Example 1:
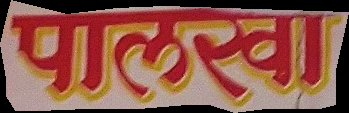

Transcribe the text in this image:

पालखा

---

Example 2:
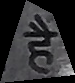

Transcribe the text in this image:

हैं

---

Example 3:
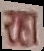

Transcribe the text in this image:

रहा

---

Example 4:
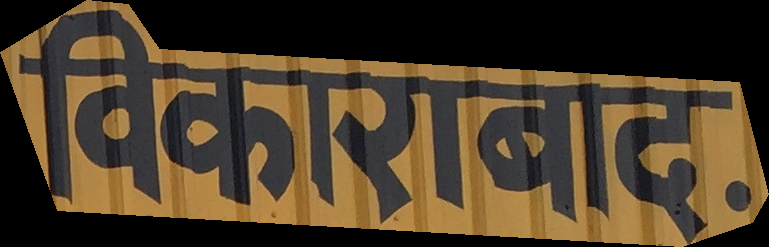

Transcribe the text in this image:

विकाराबाद.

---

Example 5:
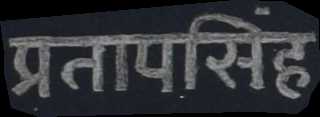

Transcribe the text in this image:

प्रतापसिंह